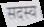
सदस्य